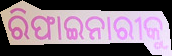
ରିଫାଇନାରୀକୁ